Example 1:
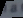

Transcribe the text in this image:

a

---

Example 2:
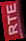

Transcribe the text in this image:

RTE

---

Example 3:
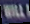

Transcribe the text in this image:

WILL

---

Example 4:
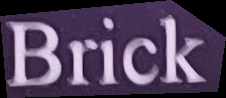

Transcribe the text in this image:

Brick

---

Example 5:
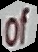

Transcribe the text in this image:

of